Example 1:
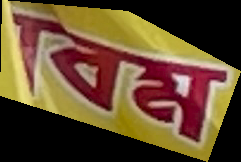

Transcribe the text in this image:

বেম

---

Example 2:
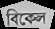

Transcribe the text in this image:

বিকেল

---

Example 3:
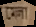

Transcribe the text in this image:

মেলা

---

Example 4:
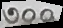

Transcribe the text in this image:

৩০০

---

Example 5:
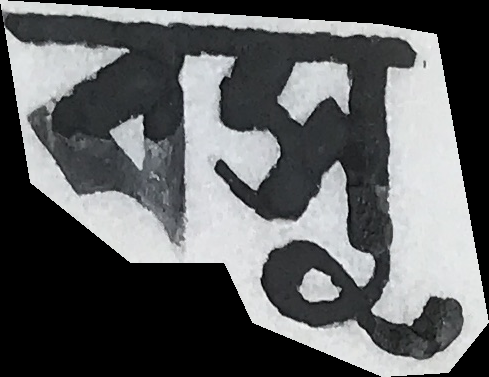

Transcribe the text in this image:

বসু